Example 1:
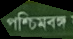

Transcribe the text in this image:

পশ্চিমবঙ্গ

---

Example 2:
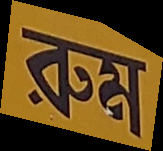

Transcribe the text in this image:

রুম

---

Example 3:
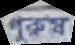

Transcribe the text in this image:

পুরুষ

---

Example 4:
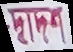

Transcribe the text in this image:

দ্বাদশ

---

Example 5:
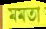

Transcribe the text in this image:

মমতা